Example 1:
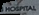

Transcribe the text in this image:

HOSPITAL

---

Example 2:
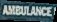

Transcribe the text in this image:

AMBULANCE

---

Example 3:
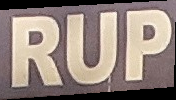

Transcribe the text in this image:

RUP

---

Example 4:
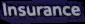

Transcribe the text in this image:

Insurance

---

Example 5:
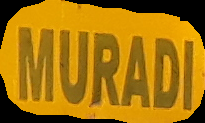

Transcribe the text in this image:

MURADI